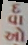
દવાઓ